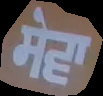
ਸੇਵਾ